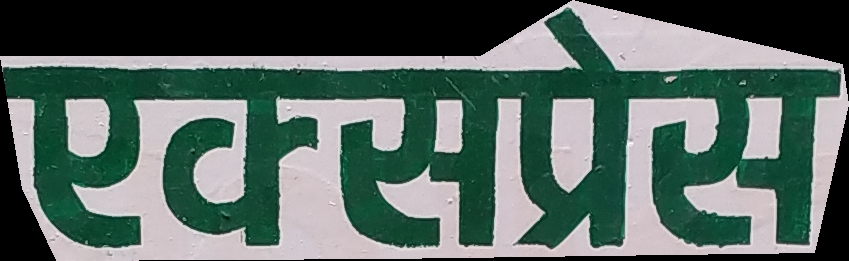
एक्सप्रेस